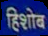
हिशोब